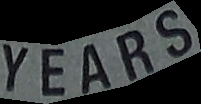
YEARS